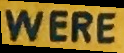
WERE